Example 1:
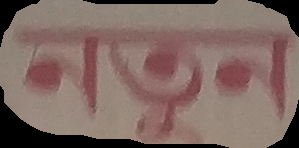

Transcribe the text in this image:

নতুন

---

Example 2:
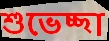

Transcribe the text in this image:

শুভেচ্ছা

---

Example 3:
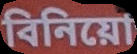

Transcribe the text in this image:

বিনিয়ো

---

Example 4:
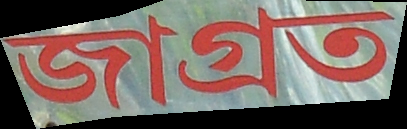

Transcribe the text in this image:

জাগ্রত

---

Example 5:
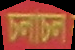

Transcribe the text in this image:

চলাচল